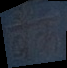
बैंक